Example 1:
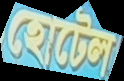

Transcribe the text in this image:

হোটেল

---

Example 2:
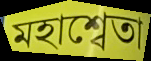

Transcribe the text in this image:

মহাশ্বেতা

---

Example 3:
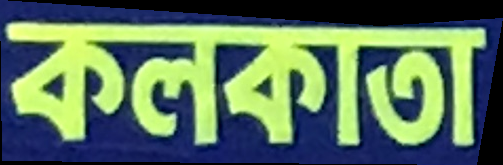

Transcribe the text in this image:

কলকাতা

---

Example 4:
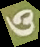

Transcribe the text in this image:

ও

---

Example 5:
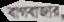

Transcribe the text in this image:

বাগবাজার